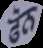
ਫੋਨ